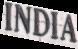
INDIA